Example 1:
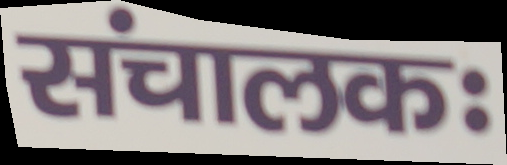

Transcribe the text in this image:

संचालकः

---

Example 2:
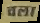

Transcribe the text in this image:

वला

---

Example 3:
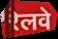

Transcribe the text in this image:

रेलवे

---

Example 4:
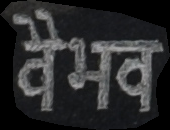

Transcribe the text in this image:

वैभव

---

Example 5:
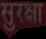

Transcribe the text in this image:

सुरक्षा